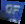
OF